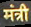
मंत्री